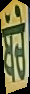
ਬੱਚੇ